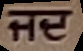
ਜਦ